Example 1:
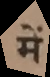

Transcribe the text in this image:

में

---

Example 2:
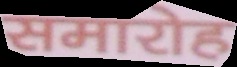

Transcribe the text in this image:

समारोह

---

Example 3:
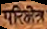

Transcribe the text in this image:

परिभेत्र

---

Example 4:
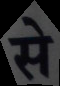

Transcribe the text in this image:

से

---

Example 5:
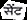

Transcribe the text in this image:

सेंट